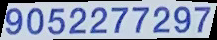
9052277297